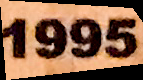
1995